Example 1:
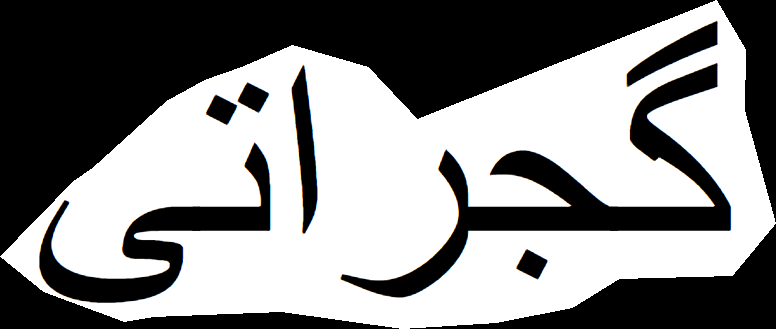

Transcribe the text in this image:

گجراتی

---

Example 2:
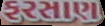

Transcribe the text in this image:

ફરસાણ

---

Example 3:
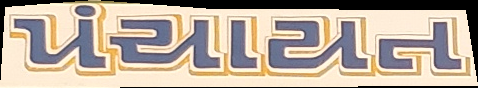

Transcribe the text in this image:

પંચાયત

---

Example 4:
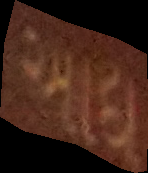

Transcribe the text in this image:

આદ્ય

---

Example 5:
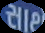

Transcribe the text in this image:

સાથ